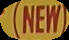
(NEW)